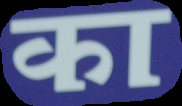
का